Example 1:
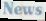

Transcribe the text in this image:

News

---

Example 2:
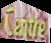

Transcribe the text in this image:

Centre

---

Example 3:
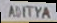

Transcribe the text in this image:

ADITYA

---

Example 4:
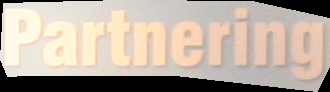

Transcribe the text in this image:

Partnering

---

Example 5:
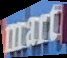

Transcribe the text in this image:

mart